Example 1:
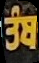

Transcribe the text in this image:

ਤੰਬ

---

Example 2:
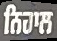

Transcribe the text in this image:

ਨਿਹਾਲ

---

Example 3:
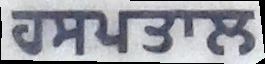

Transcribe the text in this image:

ਹਸਪਤਾਲ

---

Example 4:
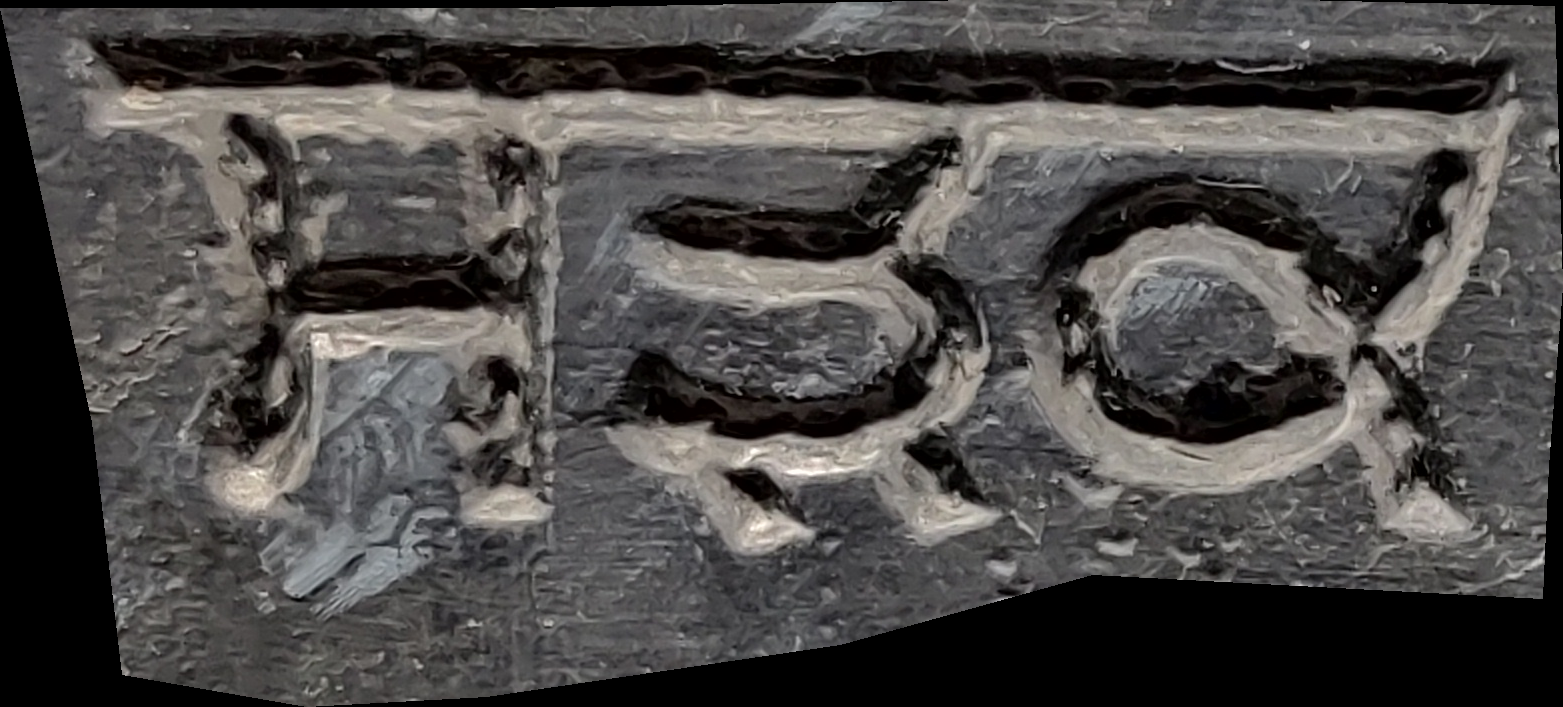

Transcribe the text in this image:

ਸੜਕ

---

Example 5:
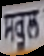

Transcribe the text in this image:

ਸਕੂਲ